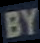
BY